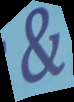
&